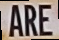
ARE